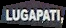
LUGAPATI,